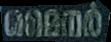
ദൈനർ